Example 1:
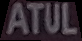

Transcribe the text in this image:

ATUL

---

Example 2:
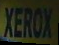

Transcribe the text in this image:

XEROX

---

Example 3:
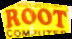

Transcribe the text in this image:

ROOT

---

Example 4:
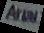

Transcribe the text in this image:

Arua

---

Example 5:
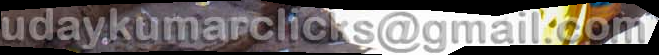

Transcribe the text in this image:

udaykumarclicks@gmail.com